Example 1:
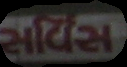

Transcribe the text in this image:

સર્વિસ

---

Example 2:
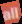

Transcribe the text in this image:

લઈ1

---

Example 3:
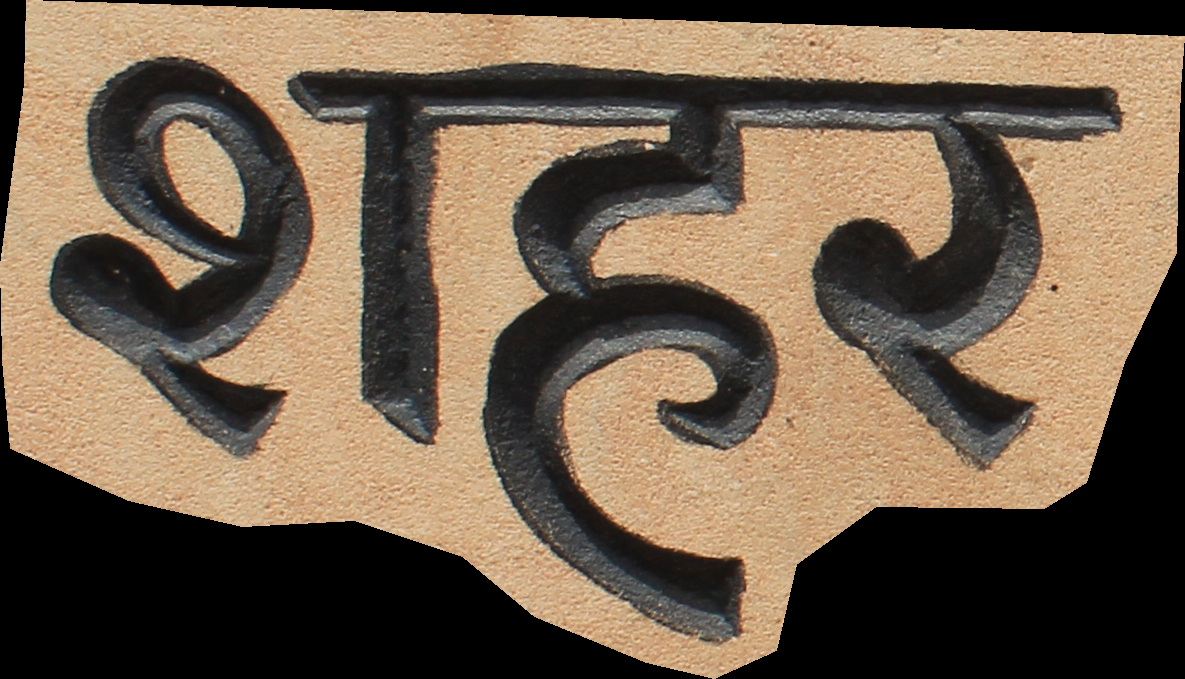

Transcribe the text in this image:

શહર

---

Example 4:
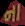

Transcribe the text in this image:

ના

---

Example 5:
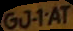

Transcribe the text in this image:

૯૩૧૪૪